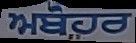
ਅਬੋਹਰ